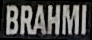
BRAHMI